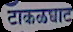
टाकळद्याट